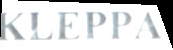
KLEPPA